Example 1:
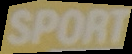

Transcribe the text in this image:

SPORT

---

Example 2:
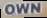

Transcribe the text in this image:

OWN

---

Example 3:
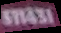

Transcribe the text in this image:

571431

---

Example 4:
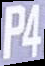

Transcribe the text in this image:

P4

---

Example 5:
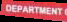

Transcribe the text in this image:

DEPARTMENT